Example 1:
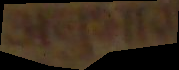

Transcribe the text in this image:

अनुभाग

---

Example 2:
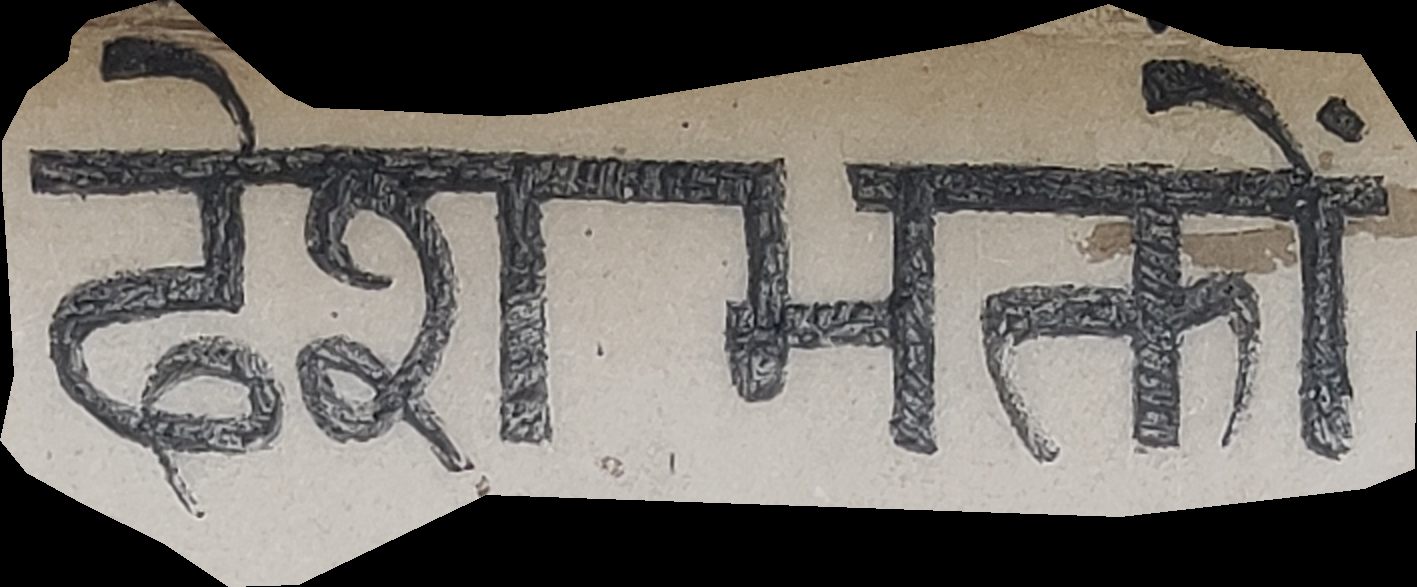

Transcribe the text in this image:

देशभक्तों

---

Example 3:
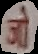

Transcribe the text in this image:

जो़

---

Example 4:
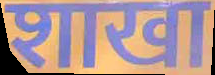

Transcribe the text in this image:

शाखा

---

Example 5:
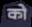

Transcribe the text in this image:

को